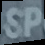
SP